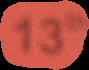
13th